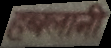
हबलानी